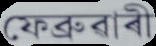
ফেব্ৰুৱাৰী